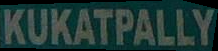
KUKATPALLY